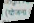
योजना